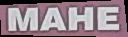
MAHE